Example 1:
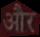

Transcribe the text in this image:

और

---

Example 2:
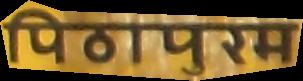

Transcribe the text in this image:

पिठापुरम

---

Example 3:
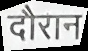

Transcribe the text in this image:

दौरान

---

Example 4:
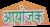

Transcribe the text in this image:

आयोजक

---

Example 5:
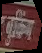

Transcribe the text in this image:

बुकिंग